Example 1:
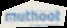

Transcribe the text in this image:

muthoot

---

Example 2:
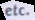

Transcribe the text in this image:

etc.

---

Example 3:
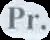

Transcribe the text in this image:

Pr.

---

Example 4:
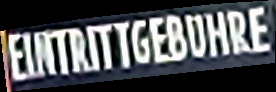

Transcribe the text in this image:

EINTRITTGEBUHRE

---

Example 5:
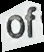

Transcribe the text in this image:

of